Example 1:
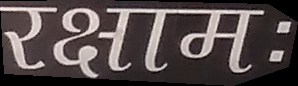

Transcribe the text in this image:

रक्षामः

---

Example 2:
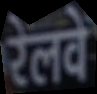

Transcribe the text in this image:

रेलवे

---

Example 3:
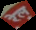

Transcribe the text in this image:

रेल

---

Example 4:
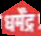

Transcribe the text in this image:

धर्मेंद्र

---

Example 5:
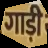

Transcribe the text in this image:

गाड़ी